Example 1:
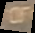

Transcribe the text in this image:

OF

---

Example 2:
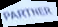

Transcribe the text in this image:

PARTHER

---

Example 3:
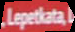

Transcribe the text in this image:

Lepetkata,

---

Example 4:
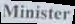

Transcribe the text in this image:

Minister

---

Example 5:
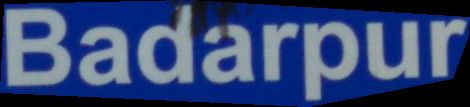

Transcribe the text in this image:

Badarpur